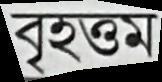
বৃহত্তম